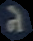
ને